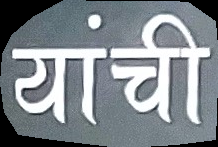
यांची